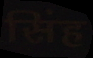
सिंह